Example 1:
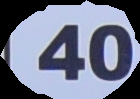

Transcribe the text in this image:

40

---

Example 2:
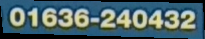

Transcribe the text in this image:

01636-240432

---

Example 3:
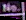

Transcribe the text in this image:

No.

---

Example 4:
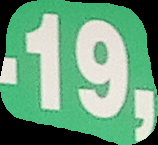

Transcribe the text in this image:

-19,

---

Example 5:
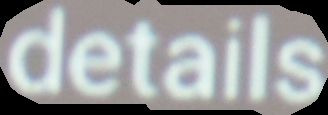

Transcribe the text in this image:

details